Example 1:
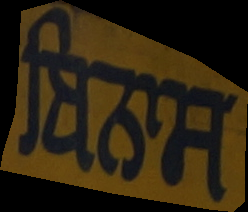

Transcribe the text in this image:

ਬਿਨਾਸ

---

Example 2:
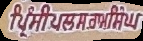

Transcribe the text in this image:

ਪ੍ਰਿੰਸੀਪਲਸਰਾਮਸਿੰਘ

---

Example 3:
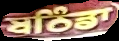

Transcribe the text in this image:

ਬਠਿੰਡਾ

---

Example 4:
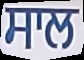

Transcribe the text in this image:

ਸਾਲ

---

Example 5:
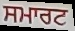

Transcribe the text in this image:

ਸਮਾਰਟ